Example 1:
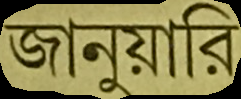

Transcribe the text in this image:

জানুয়ারি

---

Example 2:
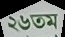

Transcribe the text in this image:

২৬তম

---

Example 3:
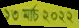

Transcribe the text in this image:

১৩মার্চ২০২২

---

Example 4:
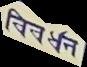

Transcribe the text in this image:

বিবর্ধন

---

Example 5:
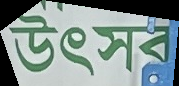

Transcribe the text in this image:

উৎসব